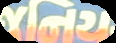
જનિય